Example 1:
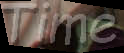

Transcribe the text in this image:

Time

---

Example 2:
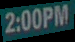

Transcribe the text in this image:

2:00PM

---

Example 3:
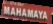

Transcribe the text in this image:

MAHAMAYA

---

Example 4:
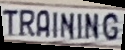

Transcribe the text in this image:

TRAINING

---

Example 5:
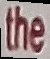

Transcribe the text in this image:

the